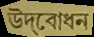
উদ্বোধন